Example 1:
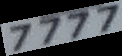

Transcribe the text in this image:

7777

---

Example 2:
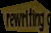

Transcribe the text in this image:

rewriting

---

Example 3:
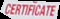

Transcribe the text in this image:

CERTIFICATE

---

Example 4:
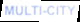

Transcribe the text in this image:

MULTI-CITY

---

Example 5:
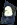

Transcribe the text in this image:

a